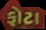
ફોટ1